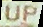
UP